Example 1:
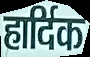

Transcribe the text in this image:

हार्दिक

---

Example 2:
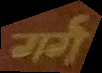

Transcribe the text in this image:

गर्ग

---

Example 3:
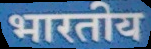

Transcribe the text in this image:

भारतीय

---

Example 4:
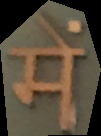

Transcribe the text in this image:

में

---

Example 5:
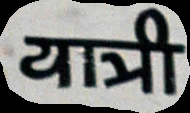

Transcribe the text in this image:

यात्री